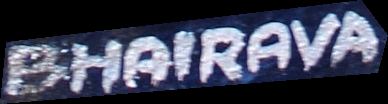
BHAIRAVA